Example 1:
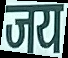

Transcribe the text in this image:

जय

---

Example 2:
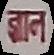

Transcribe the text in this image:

ज्ञान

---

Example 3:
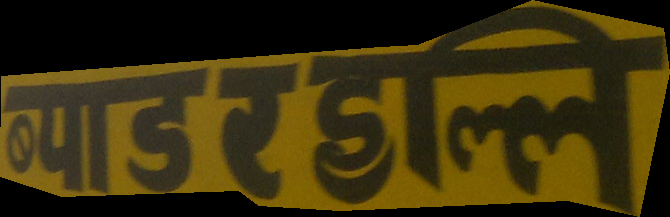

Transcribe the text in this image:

ब्याड र ह​ल्लि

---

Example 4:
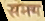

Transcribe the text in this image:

समय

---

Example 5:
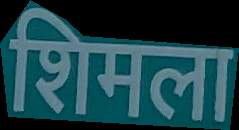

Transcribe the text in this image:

शिमला